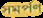
সমৰ্পণ